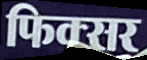
फिक्सर